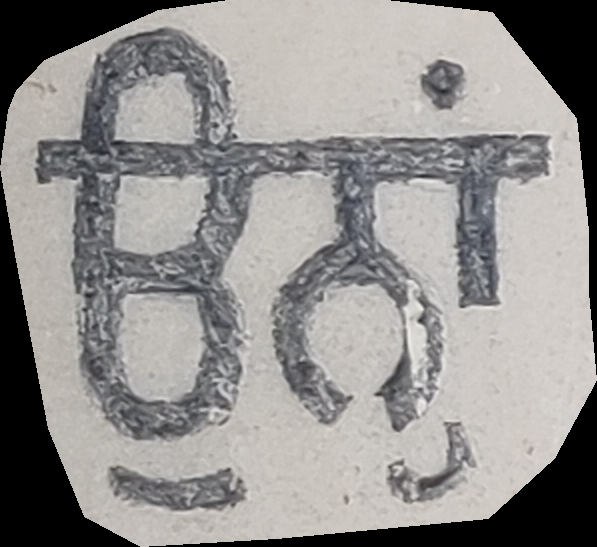
ਉਨਾੁਂ